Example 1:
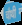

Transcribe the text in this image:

चौथी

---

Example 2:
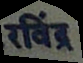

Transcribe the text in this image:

रविंद्र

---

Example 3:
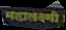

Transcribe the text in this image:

महालक्ष्मी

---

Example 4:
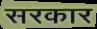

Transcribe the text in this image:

सरकार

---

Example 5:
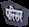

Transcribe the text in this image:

परिसर